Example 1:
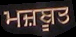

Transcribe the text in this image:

ਮਜ਼ਬੂਤ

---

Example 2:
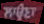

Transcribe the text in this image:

ਲਾਉਣਾ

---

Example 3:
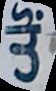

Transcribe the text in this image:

ਤੋਂ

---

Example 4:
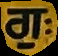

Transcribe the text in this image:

ਗੁ:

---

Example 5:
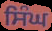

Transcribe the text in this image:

ਸਿੰਘ